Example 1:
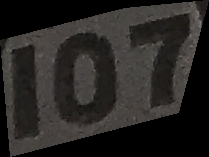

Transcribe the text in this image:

107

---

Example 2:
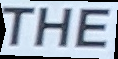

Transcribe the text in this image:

THE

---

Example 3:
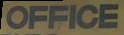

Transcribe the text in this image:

OFFICE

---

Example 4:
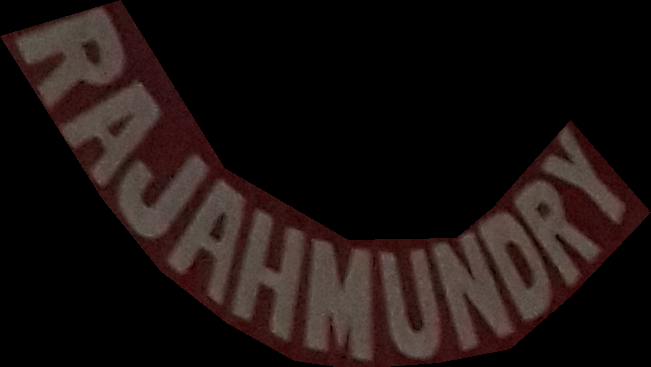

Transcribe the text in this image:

RAJAHMUNDRY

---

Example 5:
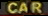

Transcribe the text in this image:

CAR